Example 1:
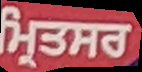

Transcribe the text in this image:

ਮ੍ਰਿਤਸਰ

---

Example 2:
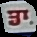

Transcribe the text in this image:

ਤਾ.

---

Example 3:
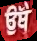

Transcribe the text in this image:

ਉੱਖੇ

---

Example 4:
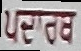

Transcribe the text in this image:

ਪਦਾਰਥ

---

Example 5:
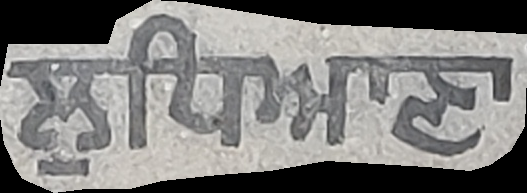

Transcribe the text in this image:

ਲੁਧਿਆਣਾ